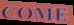
COME